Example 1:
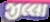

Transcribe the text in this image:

જીલ્લા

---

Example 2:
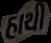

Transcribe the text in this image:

હાથી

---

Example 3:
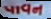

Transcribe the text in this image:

પાવન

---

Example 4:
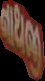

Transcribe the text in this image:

નાથજી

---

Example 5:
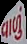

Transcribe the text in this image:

વાળું